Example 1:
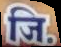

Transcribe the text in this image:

जि.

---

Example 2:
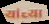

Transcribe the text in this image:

यांच्या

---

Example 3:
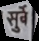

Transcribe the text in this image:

सुर्वे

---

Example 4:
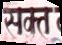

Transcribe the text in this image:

सक्त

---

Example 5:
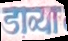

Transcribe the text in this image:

डाव्या